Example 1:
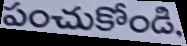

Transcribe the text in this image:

పంచుకోండి,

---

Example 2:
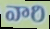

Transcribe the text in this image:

వారి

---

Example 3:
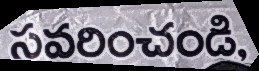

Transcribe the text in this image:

సవరించండి,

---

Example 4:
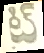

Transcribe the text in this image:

ట్ఙ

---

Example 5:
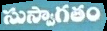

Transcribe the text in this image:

సుస్వాగతం